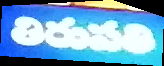
తిరుపతి